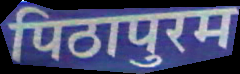
पिठापुरम